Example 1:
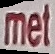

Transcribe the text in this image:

met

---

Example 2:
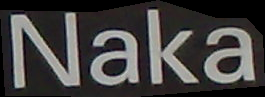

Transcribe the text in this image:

Naka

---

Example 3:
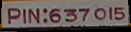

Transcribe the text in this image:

PIN:637015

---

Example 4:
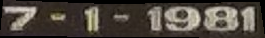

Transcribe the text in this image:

7-1-1981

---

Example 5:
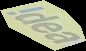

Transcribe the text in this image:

!dea